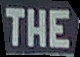
THE